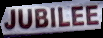
JUBILEE